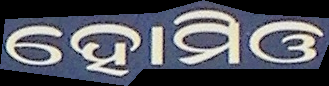
ହୋମିଓ